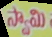
స్వామి